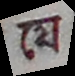
যে